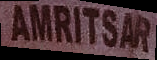
AMRITSAR